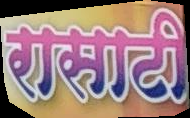
रासाटी